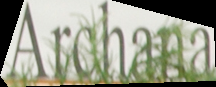
Archana